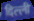
दिल्ली